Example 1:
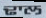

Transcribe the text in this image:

ਢਾਲ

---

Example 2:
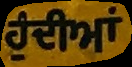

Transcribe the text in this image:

ਹੁੰਦੀਆਂ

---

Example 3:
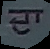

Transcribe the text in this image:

ਦਾ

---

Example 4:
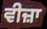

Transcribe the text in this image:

ਵੀਜ਼ਾ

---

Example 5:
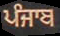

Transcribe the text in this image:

ਪੰਜਾਬ